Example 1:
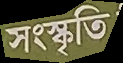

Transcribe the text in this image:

সংস্কৃতি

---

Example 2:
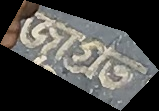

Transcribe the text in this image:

জাগ্রত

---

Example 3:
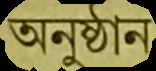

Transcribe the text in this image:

অনুষ্ঠান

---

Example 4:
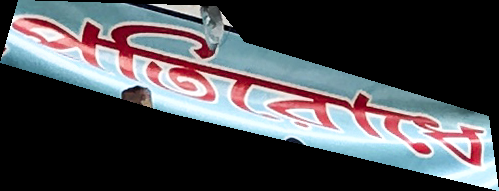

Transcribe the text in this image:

পতিরোধে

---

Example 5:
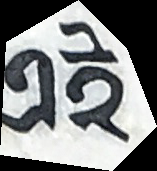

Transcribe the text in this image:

এই